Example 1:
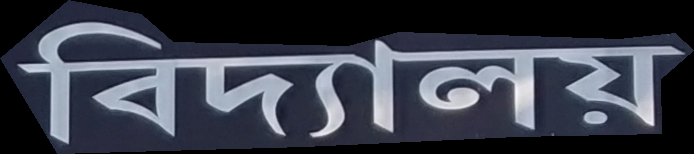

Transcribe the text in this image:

বিদ্যালয়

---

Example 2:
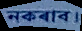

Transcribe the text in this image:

নকৰাব৷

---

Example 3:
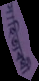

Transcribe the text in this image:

সাহিত্যৰথী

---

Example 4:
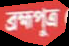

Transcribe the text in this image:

ব্রহ্মপুত্র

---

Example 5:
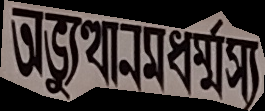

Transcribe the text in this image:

অভ্যুত্থানম ধর্ম্মস্য